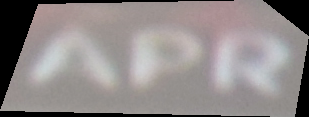
APR